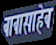
बाबासाहेब